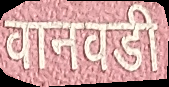
वानवडी